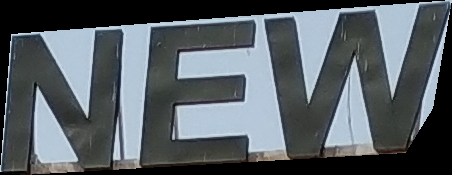
NEW